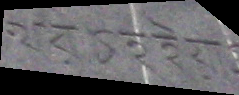
খার চাহ ইয়া